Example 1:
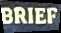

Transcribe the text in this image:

BRIEF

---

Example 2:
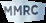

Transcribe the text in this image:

MMRC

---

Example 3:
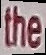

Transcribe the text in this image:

the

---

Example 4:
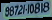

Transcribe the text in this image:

98721-10818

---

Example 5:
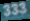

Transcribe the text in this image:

333